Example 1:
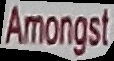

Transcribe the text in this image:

Amongst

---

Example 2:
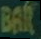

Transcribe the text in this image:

BAR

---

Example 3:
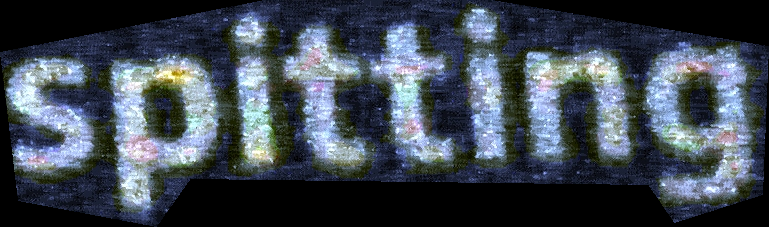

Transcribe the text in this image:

spitting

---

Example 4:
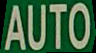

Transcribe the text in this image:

AUTO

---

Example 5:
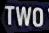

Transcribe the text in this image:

TWO